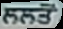
ਲਲਤੋਂ